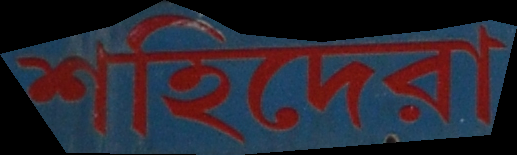
শহিদেরা